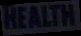
HEALTH